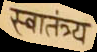
स्वातंत्र्य